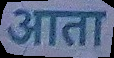
आता